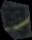
हेतु